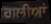
ਗਲੀਆਂ